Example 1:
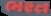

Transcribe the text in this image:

ભરત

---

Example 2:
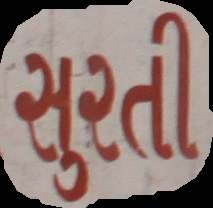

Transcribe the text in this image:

સુ૨તી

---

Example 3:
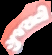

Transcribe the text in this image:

ગુજરાતી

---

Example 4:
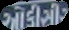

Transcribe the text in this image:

આકીસીર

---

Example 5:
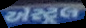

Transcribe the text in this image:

એસ્ટૂલ